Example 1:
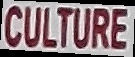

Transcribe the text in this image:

CULTURE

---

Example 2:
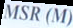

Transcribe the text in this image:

MSR(M)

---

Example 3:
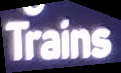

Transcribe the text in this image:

Trains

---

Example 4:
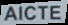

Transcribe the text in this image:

AICTE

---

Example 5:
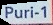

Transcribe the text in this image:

Puri-1